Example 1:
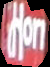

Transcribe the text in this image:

Hon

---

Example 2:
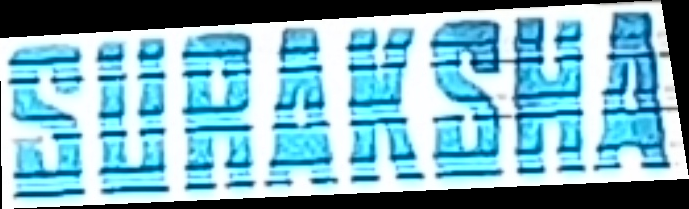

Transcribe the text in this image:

SURAKSHA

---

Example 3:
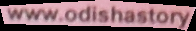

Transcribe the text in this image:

www.odishastory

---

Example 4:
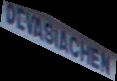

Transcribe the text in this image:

DEVASIACHEN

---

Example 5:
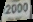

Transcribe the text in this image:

2000